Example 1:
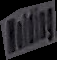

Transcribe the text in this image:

Holding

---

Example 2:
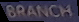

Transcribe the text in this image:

BRANCH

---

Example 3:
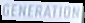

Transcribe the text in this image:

GENERATION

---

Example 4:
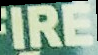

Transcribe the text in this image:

IRE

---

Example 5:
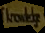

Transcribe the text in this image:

knowledge